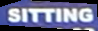
SITTING